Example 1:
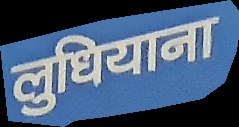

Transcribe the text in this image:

लुधियाना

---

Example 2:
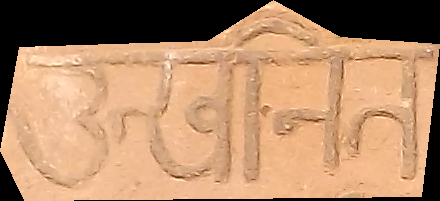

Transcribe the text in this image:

उन्खनित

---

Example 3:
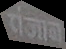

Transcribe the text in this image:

पंजाब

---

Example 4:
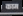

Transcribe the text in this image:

काग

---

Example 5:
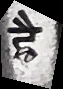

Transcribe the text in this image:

है